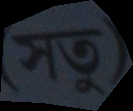
(সতু)